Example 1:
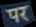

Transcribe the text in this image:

प‍र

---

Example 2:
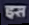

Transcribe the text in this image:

इस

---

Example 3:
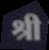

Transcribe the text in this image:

श्री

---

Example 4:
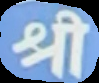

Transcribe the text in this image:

श्री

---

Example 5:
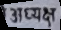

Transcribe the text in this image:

अध्यक्ष